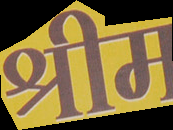
श्रीम